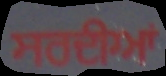
ਸਰਦੀਆਂ